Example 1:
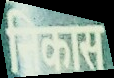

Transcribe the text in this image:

निकास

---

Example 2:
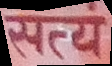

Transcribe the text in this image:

सत्यं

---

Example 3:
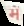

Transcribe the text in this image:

में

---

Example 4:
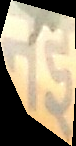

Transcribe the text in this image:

नई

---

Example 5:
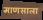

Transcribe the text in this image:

माणसाला